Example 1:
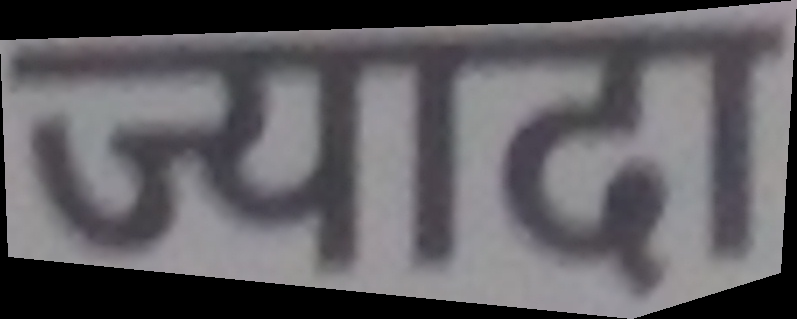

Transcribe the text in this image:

ज्‍यादा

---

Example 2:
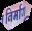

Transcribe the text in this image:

निर्माण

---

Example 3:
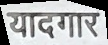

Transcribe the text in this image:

यादगार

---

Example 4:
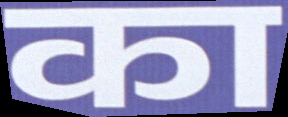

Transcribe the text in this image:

का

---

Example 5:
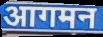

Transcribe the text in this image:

आगमन